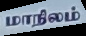
மாநிலம்